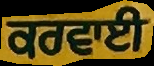
ਕਰਵਾਈ